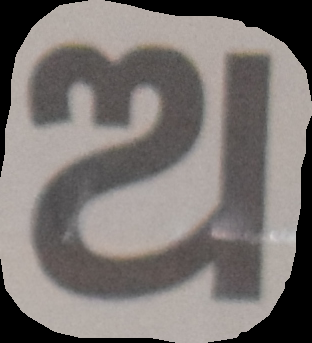
ଅ